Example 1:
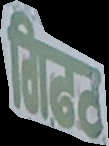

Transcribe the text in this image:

ਗਿਫ਼ਟ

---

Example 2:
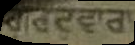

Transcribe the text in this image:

ਗੁਰਦੁਵਾਰਾ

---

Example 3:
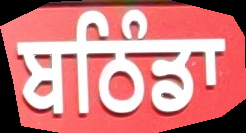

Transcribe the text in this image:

ਬਠਿੰਡਾ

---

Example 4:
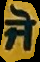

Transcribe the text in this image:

ਜੇ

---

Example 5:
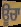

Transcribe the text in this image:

ਊਚਾ